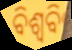
ବିଶ୍ୱବି